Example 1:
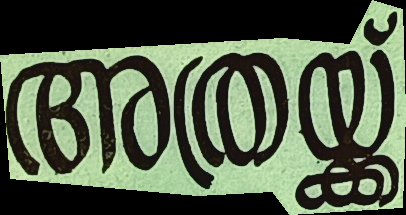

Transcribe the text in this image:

അത്രയ്ക്ക്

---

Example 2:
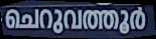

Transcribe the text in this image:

ചെറുവത്തൂർ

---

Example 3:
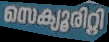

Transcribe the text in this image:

സെക്യൂരിറ്റി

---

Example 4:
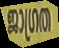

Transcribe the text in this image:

ജാഗ്രത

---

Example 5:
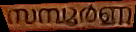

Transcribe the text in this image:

സമ്പൂർണ